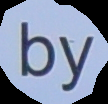
by